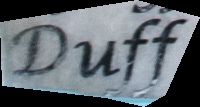
Duff